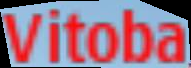
Vitoba